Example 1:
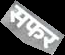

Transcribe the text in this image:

सफर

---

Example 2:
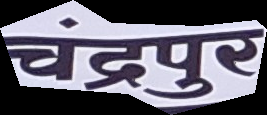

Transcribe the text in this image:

चंद्रपुर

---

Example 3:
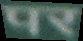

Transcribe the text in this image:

पर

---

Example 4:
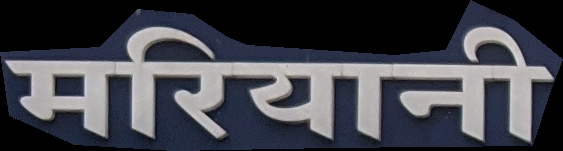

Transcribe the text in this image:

मरियानी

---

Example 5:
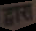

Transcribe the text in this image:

द्वारा